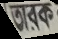
তারক